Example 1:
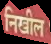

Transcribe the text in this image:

निखील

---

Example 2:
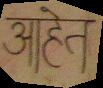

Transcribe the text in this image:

आहेत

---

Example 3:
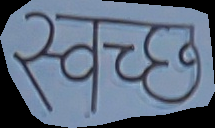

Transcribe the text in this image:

स्वच्छ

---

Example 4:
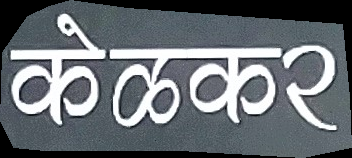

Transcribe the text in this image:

केळक२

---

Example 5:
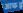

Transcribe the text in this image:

ऑफ्र